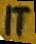
IT